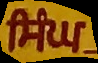
ਸਿੰਘ